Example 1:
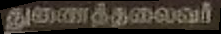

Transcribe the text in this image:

துணைத்தலைவர்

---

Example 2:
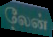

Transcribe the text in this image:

லேன்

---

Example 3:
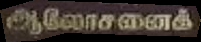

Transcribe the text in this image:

ஆலோசனைக்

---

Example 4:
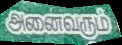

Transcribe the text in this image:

அனைவரும்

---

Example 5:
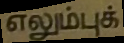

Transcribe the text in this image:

எலும்புக்